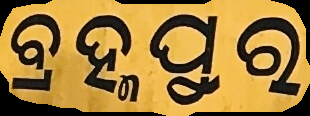
ବ୍ରହ୍ମପୁର